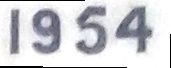
1954